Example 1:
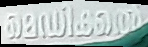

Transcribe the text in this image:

മെഡിക്കൽ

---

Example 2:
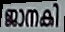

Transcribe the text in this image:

ജാനകി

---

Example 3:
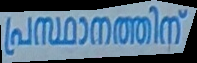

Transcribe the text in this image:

പ്രസ്ഥാനത്തിന്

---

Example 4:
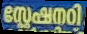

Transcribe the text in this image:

സ്റ്റേഷനറി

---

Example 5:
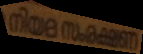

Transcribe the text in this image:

നിയമസംരക്ഷണ